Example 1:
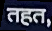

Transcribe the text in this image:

तहत,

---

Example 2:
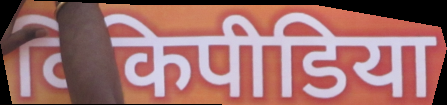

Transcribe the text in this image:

किपीडिया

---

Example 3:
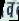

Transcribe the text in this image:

व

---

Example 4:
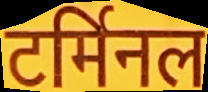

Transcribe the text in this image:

टर्मिनल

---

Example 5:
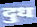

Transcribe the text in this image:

दुध